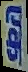
एक